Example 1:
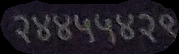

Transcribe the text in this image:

२४४५५४२९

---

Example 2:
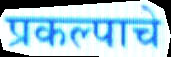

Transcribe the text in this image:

प्रकल्पाचे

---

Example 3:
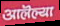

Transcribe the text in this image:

आलॆल्या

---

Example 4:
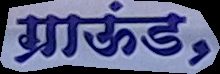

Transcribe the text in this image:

ग्राऊंड,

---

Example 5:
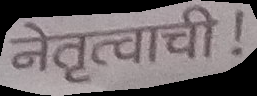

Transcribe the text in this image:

नेतृत्वाची !